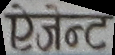
ऐजेन्ट